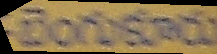
బెంగళూరు